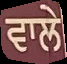
ਵਾਲੇ